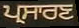
ਪ੍ਰਸਾਰਣ